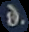
છે.